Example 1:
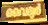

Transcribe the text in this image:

വൈദ്യർ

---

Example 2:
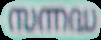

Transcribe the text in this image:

സന്നഡ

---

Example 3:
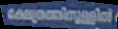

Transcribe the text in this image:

ക്ഷേത്രത്തിനുള്ളിൽ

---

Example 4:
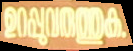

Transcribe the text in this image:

ഉറപ്പുവരുത്തുക.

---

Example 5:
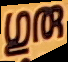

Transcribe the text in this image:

ഗുരു